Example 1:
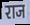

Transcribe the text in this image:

राज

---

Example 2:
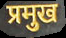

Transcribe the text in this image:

प्रमुख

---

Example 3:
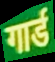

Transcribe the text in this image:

गार्ड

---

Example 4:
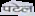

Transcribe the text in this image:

पटेल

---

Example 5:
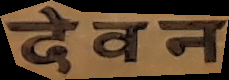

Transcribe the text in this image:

देवन